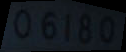
06180